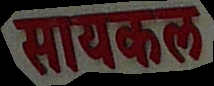
सायकल